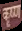
कृप्या